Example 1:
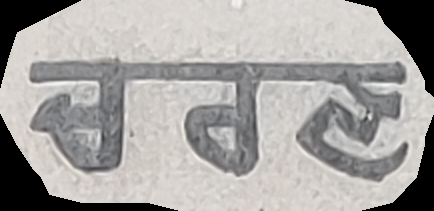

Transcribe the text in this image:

ਚਰਣ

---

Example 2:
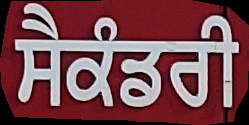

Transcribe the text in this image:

ਸੈਕੰਡਰੀ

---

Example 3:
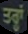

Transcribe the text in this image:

ਤਰ੍ਹਾਂ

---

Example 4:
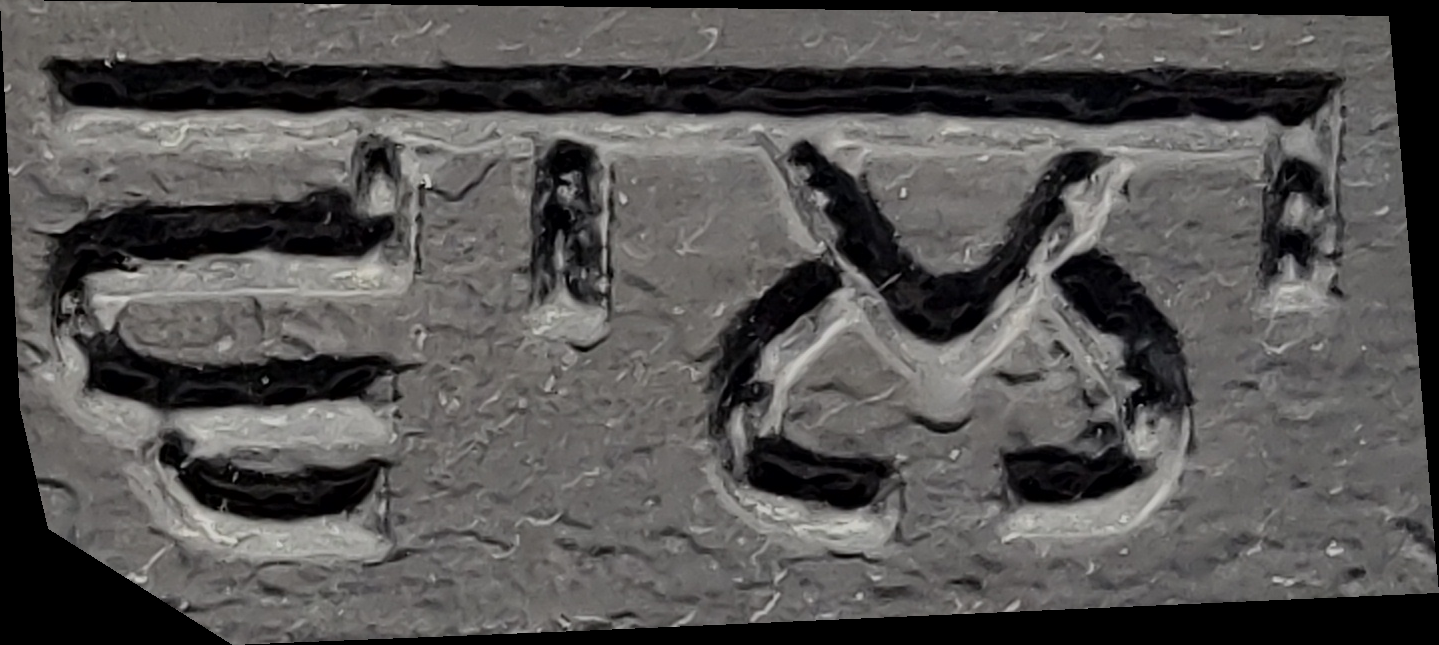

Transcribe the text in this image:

ਵਾਲਾ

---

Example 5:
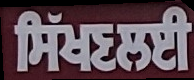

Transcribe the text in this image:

ਸਿੱਖਣਲਈ